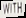
WITH